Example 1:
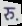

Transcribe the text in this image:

रु.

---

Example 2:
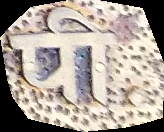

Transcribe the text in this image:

पी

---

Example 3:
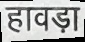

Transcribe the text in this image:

हावड़ा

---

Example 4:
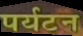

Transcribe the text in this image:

पर्यटन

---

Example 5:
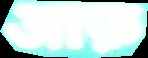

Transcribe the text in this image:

आफ़